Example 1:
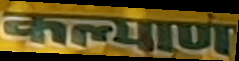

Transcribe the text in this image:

कल्याण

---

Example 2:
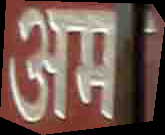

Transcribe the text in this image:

अम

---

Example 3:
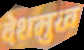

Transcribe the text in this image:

देशमुख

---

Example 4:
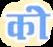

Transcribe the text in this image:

की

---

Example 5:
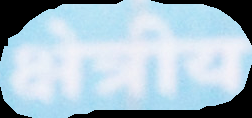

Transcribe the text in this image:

क्षेत्रीय